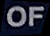
OF